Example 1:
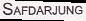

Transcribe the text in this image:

SAFDARJUNG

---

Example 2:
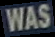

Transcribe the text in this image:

WAS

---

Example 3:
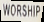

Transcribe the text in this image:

WORSHIP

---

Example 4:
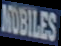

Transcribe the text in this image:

MOBILES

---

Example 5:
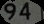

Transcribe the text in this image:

94